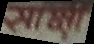
साक्षी